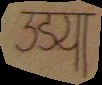
उड्या